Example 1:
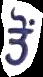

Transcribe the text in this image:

ਤੋਂ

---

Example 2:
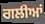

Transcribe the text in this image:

ਗਲੀਆਂ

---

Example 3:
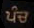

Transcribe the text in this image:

ਪੰਚ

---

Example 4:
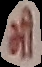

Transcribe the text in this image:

ਮੀ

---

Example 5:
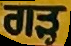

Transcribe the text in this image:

ਗੜ੍ਹ